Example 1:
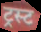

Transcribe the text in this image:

ट्रस्ट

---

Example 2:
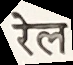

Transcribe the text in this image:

रेल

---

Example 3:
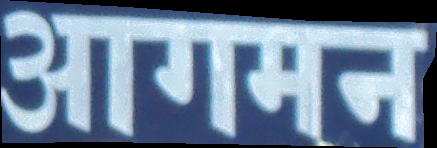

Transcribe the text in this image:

आगमन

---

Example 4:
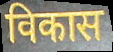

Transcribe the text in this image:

विकास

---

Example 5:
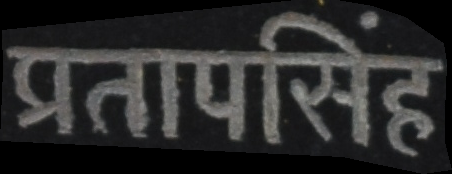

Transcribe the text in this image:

प्रतापसिंह